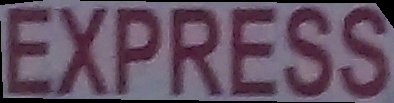
EXPRESS